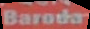
Baroda